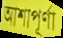
আশাপূর্ণা